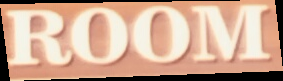
ROOM